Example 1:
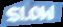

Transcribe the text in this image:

SLOW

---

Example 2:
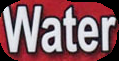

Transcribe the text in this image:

Water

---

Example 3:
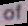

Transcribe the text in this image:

of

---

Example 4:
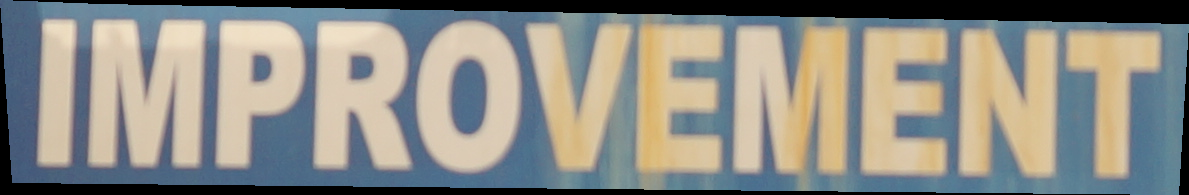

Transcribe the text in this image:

IMPROVEMENT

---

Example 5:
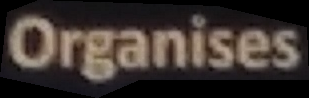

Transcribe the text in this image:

Organises